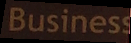
Business